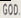
GOD.